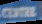
CENTRE